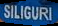
SILIGURI